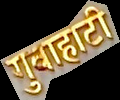
गुवाहाटी